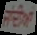
ਜਾਂਦੀਆ